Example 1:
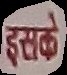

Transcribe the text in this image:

इसके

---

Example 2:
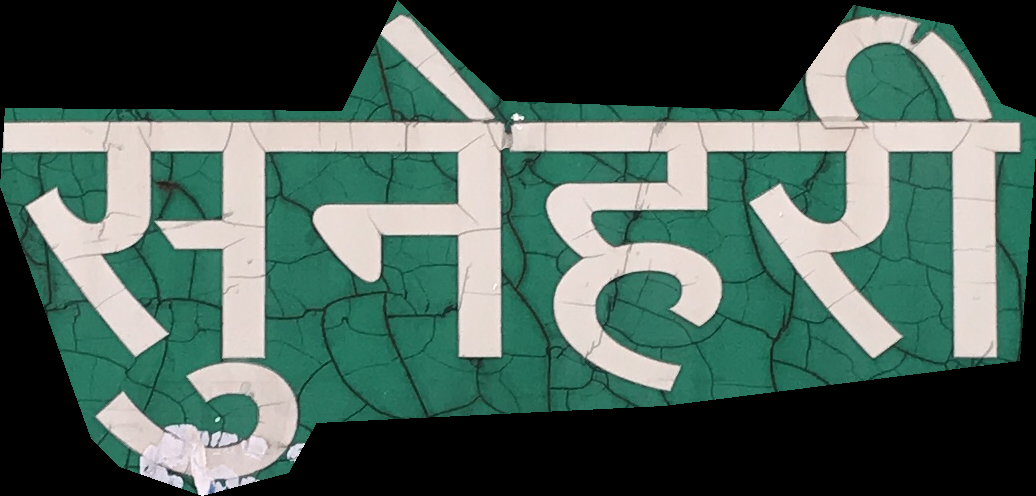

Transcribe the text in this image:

सुनेहरी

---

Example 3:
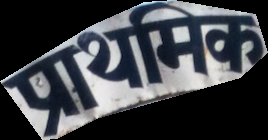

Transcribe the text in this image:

प्राथमिक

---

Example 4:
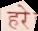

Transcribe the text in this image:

हरे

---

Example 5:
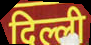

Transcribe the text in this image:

दिल्ली